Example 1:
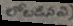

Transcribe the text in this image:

లోబడినవి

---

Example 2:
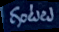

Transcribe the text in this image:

గంటట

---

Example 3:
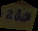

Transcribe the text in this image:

2 డిపో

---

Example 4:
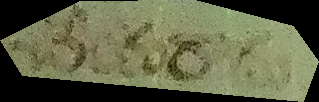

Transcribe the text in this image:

చేయరాదు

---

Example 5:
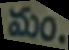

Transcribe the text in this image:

మం.